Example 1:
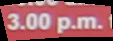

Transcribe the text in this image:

3.00p.m.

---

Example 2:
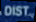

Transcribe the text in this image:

DIST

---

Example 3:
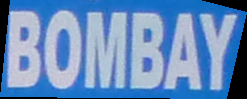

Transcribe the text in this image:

BOMBAY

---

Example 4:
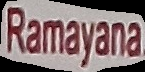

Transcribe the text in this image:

Ramayana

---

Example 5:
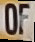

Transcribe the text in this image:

OF